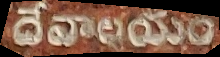
దేవాలయం